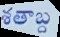
శతాబ్ద